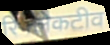
रिफ्लेकटीव